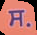
म॰